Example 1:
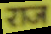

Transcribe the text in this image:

राज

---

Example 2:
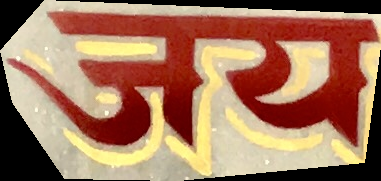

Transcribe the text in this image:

जय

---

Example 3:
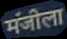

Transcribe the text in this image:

मंजीला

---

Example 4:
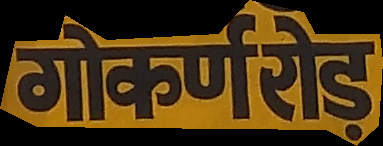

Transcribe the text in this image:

गोकर्णरोड़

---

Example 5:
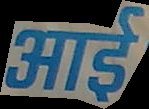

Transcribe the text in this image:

आई